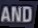
AND